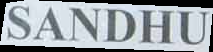
SANDHU